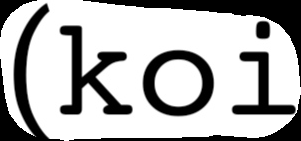
(koi